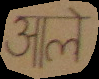
आले